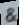
&